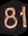
81